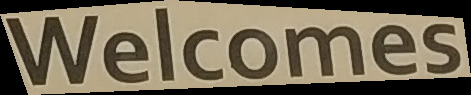
Welcomes